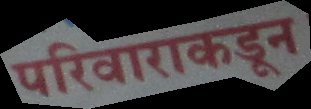
परिवाराकडून